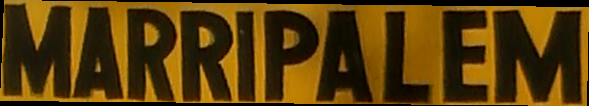
MARRIPALEM